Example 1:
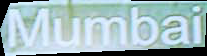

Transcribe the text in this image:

Mumbai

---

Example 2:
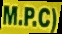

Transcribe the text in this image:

(M.P.C)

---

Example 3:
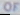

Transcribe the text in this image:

OF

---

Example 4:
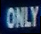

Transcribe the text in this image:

ONLY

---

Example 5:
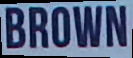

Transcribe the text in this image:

BROWN